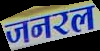
जनरल